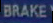
BRAKE